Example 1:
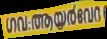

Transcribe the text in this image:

ഗവ:ആയുർവേദ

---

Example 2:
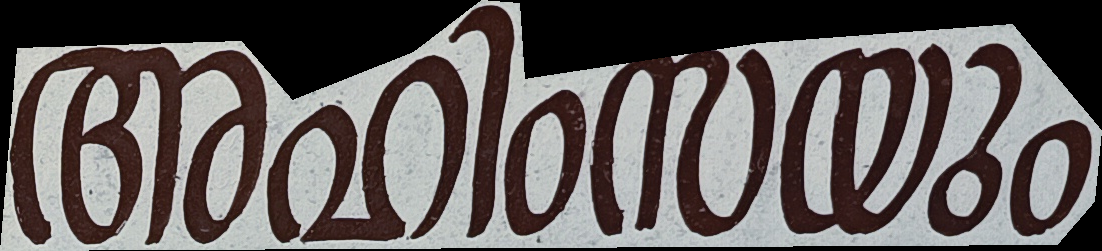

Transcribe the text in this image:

അഹിംസയും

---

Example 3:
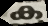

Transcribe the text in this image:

ക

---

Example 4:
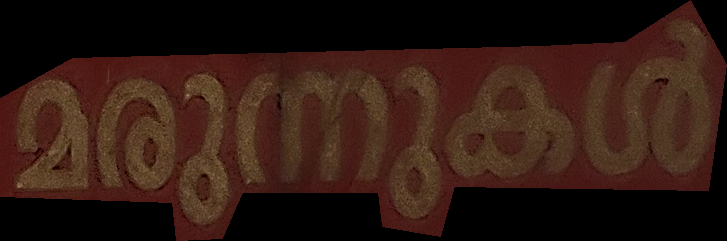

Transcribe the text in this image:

മരുന്നുകൾ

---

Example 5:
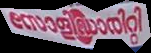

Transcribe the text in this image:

സോളഡാരിറ്റി